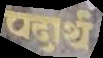
पदार्थ